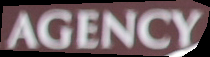
AGENCY